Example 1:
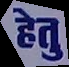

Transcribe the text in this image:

हेतु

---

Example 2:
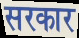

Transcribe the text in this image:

सरकार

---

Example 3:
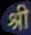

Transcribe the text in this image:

श्री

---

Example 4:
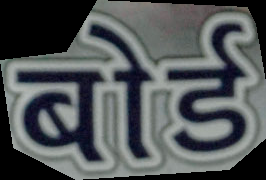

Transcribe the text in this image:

बोर्ड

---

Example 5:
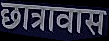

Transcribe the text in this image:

छात्रावास